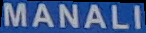
MANALI